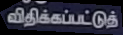
விதிக்கப்பட்டுத்